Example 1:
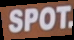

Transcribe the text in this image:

SPOT.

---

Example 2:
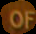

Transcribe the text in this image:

OF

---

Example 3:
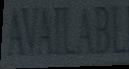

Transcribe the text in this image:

AVAILABL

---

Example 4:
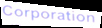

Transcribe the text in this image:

Corporation.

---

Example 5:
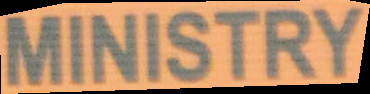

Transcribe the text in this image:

MINISTRY